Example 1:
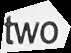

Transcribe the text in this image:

two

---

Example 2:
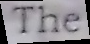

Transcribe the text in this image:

The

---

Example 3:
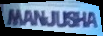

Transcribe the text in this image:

MANJUSHA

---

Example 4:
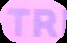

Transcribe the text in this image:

TR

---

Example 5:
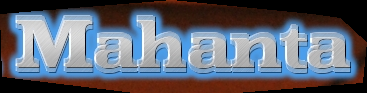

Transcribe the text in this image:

Mahanta